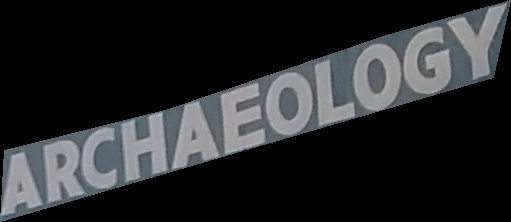
ARCHAEOLOGY